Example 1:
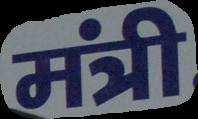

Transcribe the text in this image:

मंत्री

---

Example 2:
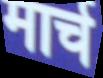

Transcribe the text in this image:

मार्च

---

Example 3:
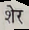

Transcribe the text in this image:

शेर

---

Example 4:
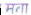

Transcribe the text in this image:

मना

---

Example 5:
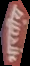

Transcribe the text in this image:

भारतीय